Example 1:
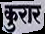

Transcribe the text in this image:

कुरार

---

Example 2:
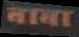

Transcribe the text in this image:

बाबा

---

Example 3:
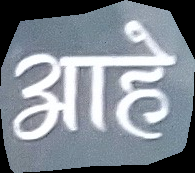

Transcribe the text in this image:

आहे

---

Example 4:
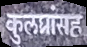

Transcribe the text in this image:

कुलप्रांसह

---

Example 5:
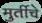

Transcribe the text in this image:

मुर्तीचे